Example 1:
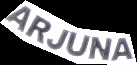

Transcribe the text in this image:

ARJUNA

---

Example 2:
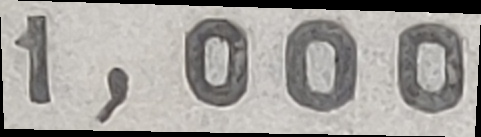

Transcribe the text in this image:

1,000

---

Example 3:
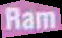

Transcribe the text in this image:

Ram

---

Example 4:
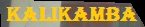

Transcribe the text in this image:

KALIKAMBA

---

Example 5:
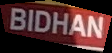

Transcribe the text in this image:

BIDHAN